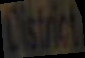
District